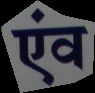
एंव